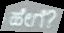
ಹೇಗೆ?